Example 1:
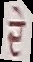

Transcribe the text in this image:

ਦੇ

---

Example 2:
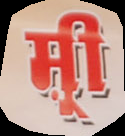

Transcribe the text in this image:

ਸ੍ਰੀ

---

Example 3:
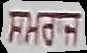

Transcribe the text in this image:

ਸਮਰਾਜ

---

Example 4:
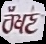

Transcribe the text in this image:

ਰੱਖਣ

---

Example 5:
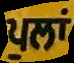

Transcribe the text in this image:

ਪੁਲਾਂ